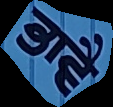
ਭਾਵੈ